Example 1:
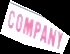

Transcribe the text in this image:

COMPANY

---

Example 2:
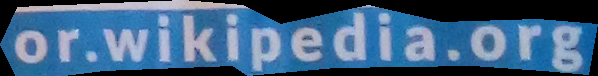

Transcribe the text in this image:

or.wikipedia.org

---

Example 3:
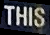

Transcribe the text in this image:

THIS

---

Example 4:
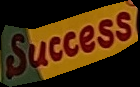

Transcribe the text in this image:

Success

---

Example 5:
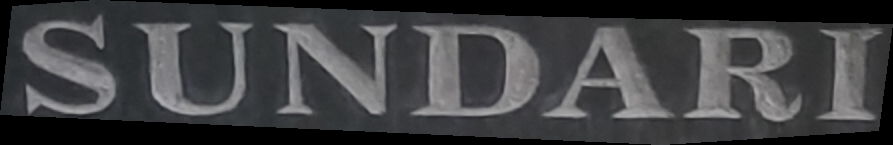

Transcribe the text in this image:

SUNDARI